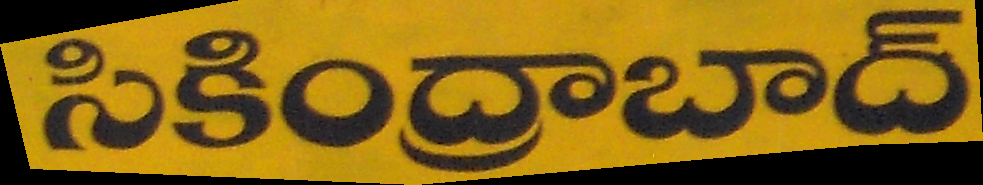
సికింద్రాబాద్